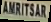
AMRITSAR